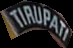
TIRUPATI